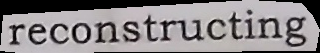
reconstructing